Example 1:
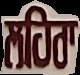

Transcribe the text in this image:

ਲਹਿਰਾ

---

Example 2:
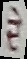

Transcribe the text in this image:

ਦੇ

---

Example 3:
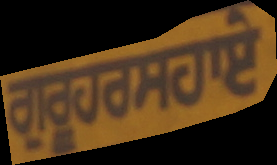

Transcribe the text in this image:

ਗੁਰੂਹਰਸਹਾਏ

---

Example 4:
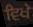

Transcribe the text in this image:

ਵਿਖे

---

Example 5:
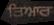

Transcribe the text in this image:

ਤਿਆਰ